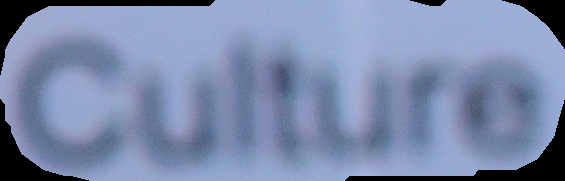
Culture